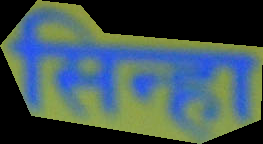
सिन्हा